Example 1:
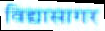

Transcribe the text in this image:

विद्यासागर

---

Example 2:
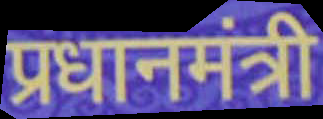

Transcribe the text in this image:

प्रधानमंत्री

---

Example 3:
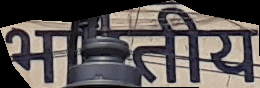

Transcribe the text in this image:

भारतीय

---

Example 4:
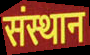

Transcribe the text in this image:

संस्थान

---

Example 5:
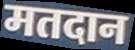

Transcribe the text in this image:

मतदान